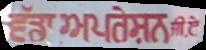
ਵੱਡਾ ਅਪਰੇਸ਼ਨ ਜੀ.ਏ